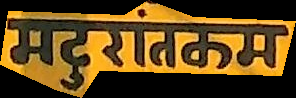
मदुरांतकम